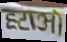
हटाओं